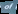
of